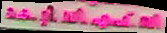
കെ.ടി.ഡി.എഫ്.സി